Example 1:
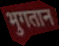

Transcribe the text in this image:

भुगतान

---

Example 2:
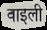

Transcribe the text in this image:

वाइली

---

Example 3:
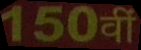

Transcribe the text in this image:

150 वीं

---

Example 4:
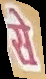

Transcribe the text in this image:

से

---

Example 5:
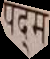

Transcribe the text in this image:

पद्म